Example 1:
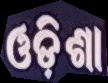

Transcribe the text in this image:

ଓଡ଼ିଶା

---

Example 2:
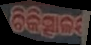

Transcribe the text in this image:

ଚିକିତ୍ସାଳ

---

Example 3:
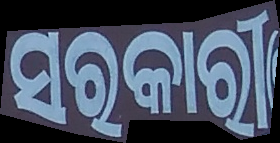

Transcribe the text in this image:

ସରକାରୀ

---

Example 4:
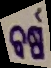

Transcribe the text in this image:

ବର୍ଷ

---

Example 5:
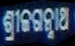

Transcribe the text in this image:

ଶ୍ରୀଜଗନ୍ନାଥ